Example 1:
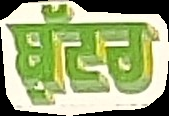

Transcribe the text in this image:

ਬੁੱਟਰ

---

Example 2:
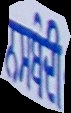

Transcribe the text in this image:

ਨਸਬੰਦੀ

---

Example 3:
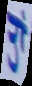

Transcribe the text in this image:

ਤਾਂ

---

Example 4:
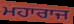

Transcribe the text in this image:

ਮਹਾਰਾਜ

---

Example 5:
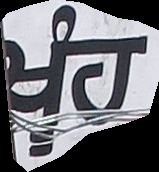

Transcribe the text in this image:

ਖੂੰਹ